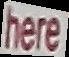
here